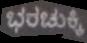
ಭರಚುಕ್ಕಿ